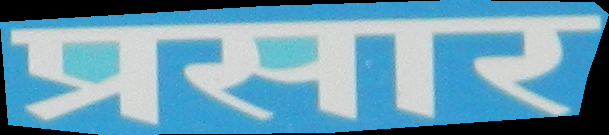
प्रसार